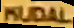
KUDAL